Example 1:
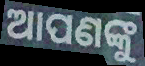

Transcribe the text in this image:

ଆପଣଙ୍କୁ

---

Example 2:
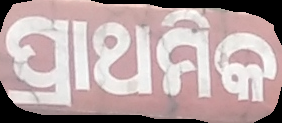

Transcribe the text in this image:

ପ୍ରାଥମିକ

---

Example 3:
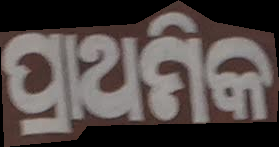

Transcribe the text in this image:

ପ୍ରାଥମିକ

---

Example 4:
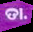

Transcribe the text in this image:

ତା.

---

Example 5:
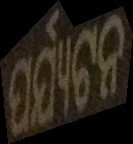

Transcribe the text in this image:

ପର୍ଯ୍ୟଟନ